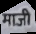
माजी